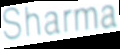
Sharma